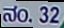
ನಂ32